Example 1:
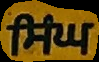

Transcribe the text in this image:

ਸਿੰਘ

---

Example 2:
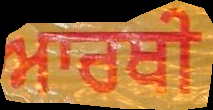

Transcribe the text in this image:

ਆਰਥੀ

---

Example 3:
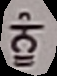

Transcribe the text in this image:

ਨੂੰ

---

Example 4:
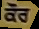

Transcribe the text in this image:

ਕੌਰ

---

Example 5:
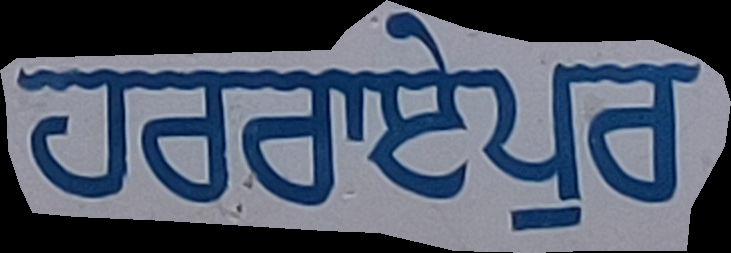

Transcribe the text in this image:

ਹਰਰਾਏਪੁਰ